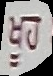
ਖੂਹ